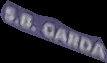
S.B.GARDA OLLEGE